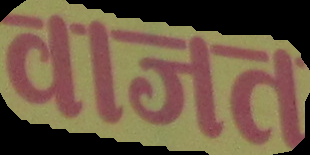
वाजत